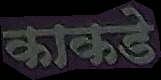
काकडे